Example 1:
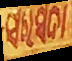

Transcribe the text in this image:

ସରସଦା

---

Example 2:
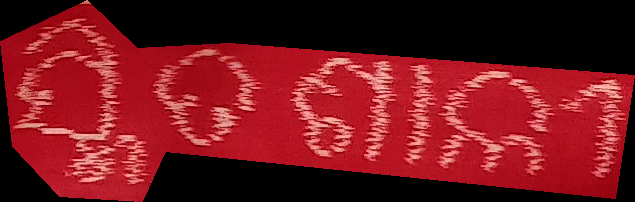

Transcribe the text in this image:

ସ୍ନିତ ଶାଳୀ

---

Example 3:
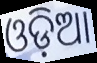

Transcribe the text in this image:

ଓଡ଼ିଆ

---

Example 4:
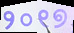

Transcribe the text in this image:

୨୦୧୭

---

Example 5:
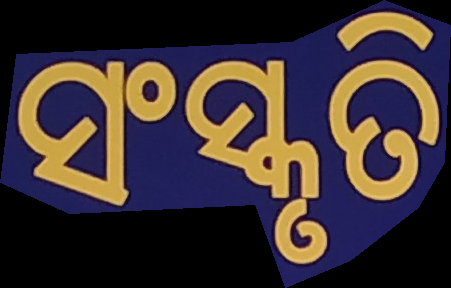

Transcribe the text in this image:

ସଂସ୍କୃତି